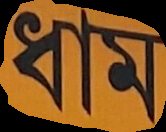
ধাম